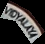
VIDYALAYA